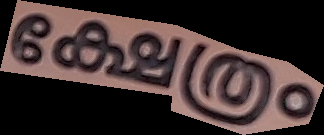
ക്ഷേത്രം